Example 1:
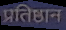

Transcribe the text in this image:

प्रतिष्ठान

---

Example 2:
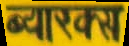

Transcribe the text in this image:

ब्यारक्स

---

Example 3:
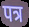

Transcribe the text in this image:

पत्र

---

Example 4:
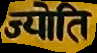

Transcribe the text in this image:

ज्योति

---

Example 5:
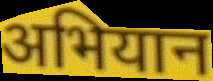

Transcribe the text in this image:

अभियान